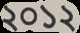
২০১২